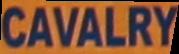
CAVALRY